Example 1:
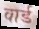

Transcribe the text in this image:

वार्ड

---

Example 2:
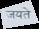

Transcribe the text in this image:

जयते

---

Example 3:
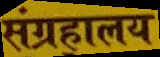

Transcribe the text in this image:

संग्रहालय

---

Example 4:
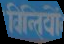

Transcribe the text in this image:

विन्तियों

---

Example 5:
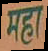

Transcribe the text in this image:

महा